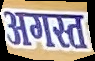
अगस्त